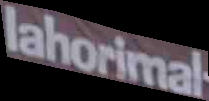
lahorimal